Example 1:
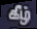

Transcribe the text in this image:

கீழ்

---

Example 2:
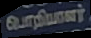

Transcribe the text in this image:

பொறியாளா்,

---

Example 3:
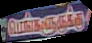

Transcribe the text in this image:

பெங்களுருக்கு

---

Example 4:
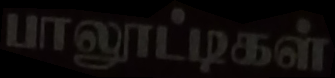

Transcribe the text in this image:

பலூட்டிகள்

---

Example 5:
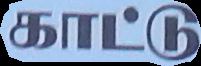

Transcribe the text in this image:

காட்டு